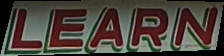
LEARN